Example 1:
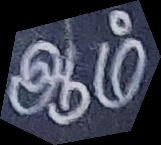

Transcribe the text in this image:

ஆம்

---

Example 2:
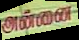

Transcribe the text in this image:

அன்னை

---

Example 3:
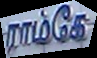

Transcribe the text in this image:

ராம்கே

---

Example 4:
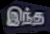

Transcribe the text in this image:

இந்த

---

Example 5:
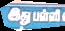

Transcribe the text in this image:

இதுபள்ளி